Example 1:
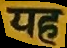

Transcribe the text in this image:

यह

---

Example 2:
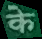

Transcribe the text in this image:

के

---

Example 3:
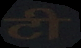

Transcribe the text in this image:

टी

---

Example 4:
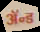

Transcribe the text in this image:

अ‍ॅन्ड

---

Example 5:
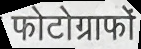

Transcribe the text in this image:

फोटोग्राफों